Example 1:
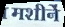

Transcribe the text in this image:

मशीनें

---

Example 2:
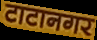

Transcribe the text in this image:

टाटानगर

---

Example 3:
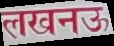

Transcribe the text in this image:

लखनऊ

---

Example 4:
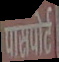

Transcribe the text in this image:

पासपोर्ट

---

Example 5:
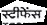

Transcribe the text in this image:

स्टीफेंस